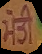
ਮੇਤੀ